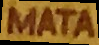
MATA